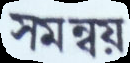
সমন্বয়